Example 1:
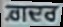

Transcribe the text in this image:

ਗ਼ਦਰ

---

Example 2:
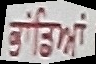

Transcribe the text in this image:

ਭਾਂਡਿਆਂ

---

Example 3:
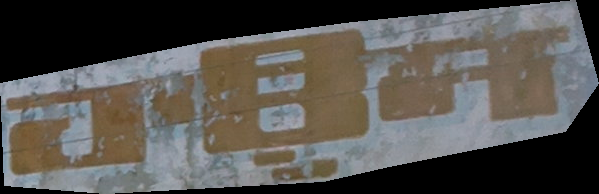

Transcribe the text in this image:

ਹਉਸ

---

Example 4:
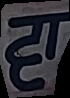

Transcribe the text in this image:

ਵਾ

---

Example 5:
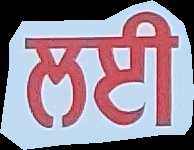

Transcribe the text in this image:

ਲਈ